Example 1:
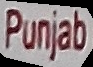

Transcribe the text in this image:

Punjab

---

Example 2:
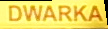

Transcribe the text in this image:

DWARKA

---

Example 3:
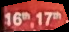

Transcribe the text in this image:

16th,17th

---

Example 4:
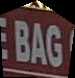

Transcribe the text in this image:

E BAG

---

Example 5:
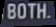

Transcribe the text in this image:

BOTH.